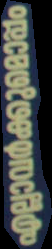
എല്ലാവർക്കുമൊപ്പം